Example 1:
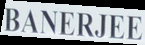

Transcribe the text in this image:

BANERJEE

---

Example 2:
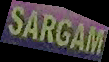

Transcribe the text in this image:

SARGAM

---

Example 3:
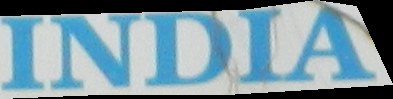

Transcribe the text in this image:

INDIA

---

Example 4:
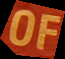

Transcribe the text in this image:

OF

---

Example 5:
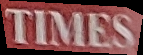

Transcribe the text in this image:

TIMES